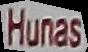
Hunas